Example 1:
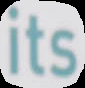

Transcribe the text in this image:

its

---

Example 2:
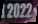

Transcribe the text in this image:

12022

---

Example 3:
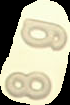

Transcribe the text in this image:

89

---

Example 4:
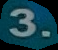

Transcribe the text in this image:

3.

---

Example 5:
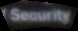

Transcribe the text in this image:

Security